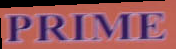
PRIME